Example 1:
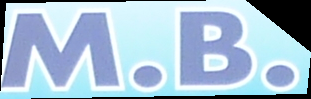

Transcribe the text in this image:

M.B.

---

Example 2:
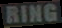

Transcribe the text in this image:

RING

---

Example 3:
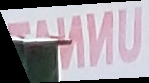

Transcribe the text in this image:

UNNAT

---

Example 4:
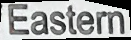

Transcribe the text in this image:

Eastern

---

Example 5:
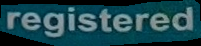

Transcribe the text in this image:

registered